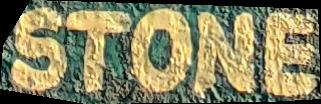
STONE